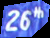
26th